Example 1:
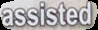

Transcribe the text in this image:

assisted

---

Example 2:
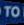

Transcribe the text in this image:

TO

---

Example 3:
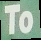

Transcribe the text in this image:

To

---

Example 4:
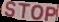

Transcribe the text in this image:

STOP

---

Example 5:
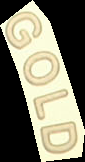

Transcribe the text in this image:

GOLD